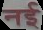
नई